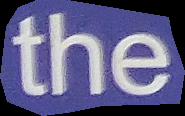
the